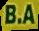
B.A